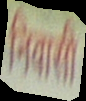
नि‍वासी